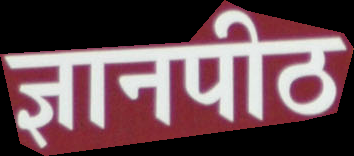
ज्ञानपीठ